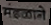
मंडळाने